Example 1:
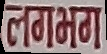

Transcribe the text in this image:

लगभग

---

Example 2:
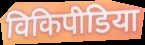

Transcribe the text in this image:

विकिपीडिया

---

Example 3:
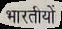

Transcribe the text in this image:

भारतीयों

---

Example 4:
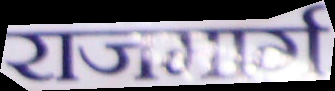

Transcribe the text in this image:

राजमार्ग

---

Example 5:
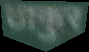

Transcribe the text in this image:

ठाकुर